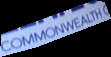
COMMONWEALTH